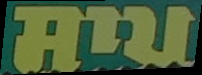
ਸਾ੫